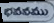
భవనము